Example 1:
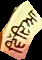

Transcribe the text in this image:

ਵਿੱਦਿਆ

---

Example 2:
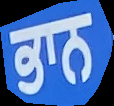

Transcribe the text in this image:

ਭਾਨ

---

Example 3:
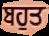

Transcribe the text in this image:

ਬਹੁਤ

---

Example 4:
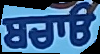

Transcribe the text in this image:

ਬਚਾਓ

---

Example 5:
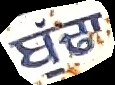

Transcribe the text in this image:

ਬੁੱਢਾ